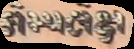
કોમ્પલેક્ષ